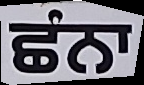
ਛੰਨਾ